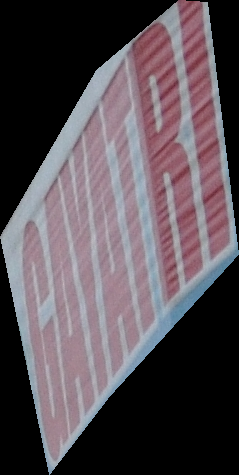
GAYATRI